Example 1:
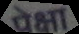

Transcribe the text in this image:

पेक्षा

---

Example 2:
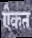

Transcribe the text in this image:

ऐकत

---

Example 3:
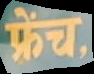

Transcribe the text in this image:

फ्रेंच,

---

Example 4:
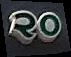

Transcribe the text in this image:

२०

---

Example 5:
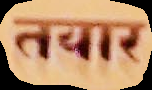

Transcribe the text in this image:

तयार